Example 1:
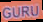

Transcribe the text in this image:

GURU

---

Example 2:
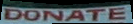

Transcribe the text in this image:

DONATE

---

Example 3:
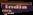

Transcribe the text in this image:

India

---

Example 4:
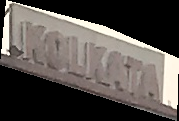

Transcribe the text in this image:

KOLKATA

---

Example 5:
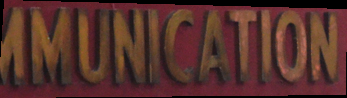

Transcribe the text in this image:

MMUNICATION